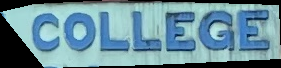
COLLEGE